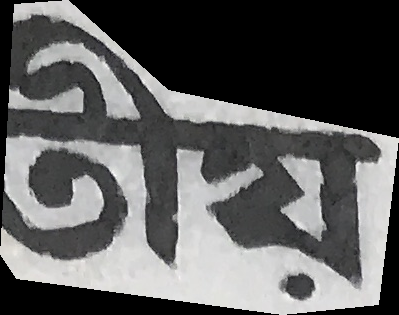
তীয়